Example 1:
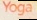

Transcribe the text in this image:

Yoga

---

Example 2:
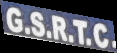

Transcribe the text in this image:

G.S.R.T.C.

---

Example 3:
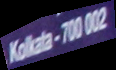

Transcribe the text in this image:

Kolkata-700002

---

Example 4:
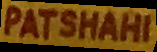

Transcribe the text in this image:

PATSHAHI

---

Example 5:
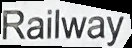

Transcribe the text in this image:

Railway